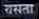
रासता